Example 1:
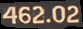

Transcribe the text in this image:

462.02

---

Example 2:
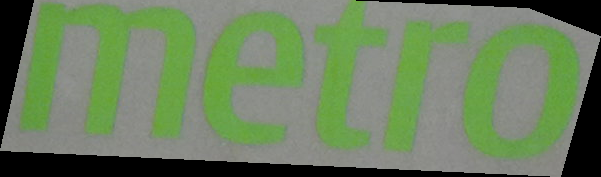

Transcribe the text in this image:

metro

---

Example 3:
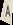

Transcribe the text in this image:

A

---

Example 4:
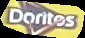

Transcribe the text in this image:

Doritos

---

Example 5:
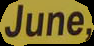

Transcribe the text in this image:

June,